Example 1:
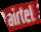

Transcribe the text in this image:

airtel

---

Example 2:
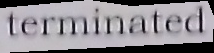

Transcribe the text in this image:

terminated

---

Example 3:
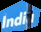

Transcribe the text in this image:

India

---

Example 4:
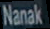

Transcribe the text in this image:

Nanak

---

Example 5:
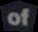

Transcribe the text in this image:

of